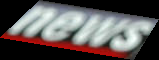
news